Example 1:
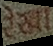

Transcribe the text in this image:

रेखा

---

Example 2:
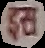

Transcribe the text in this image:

इस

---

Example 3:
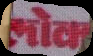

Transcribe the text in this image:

लोक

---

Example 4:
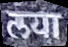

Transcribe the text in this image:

लया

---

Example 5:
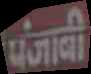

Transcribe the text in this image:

पंजाबी